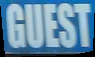
GUEST